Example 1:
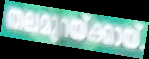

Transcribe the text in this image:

തലമുറയ്ക്കായ്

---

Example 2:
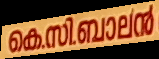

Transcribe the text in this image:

കെ.സി.ബാലൻ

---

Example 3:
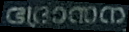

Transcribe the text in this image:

ഭദ്രാസന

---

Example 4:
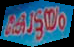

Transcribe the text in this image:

കോട്ടയം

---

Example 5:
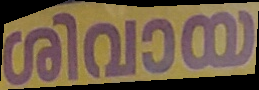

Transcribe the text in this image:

ശിവായ